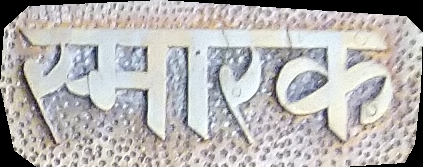
स्मारक